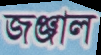
জঞ্জাল